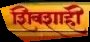
शिवशाही